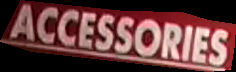
ACCESSORIES